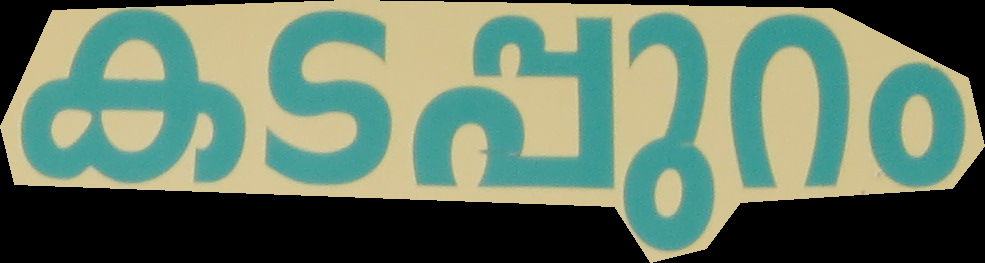
കടപ്പുറം